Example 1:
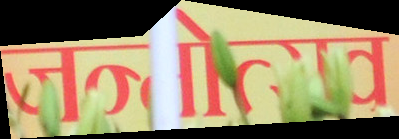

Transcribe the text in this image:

जन्मोत्सव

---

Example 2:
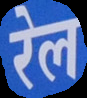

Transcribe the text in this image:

रेल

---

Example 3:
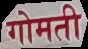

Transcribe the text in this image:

गोमती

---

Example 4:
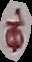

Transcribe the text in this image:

क‍े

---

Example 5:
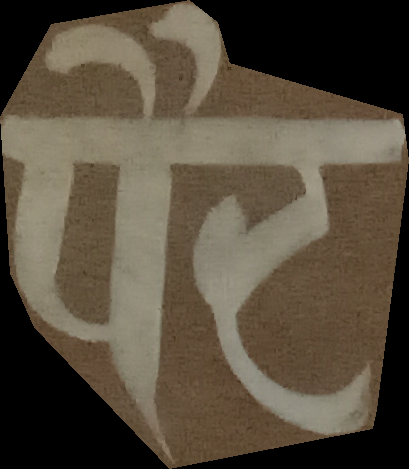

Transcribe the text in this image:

पैर